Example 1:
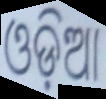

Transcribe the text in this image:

ଓଡ଼ିଆ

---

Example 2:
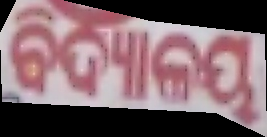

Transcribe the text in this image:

ବିଦ୍ୟାଳୟ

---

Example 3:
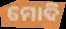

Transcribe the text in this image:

ମୋତି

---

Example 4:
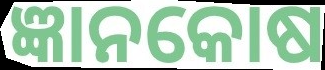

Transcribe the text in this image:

ଜ୍ଞାନକୋଷ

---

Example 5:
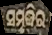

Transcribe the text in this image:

ସମୃଦ୍ଧିର